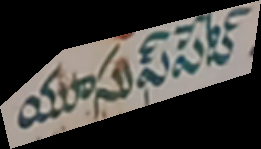
యూసుఫ్పెట్